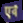
एवं